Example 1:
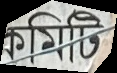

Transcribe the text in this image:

কমিটি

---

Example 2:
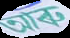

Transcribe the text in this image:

আৰু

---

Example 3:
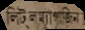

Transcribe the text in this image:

লিট্লম্যাগাজিন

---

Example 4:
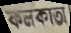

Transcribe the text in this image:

কলকাতা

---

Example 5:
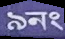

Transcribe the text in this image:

৯নং